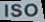
ISO